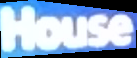
House